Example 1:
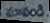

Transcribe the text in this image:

మాపండి.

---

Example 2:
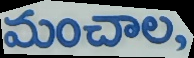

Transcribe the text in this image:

మంచాల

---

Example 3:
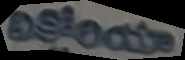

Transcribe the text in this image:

లికోరియా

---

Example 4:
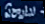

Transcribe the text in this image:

ఏర్పాటు.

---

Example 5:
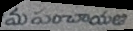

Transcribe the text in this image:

మహచాయఅ